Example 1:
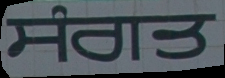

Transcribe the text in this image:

ਸੰਗਤ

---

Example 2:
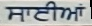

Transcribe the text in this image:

ਸਾਈਆ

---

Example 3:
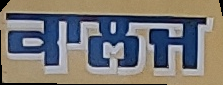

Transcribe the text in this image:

ਕਾਲਜ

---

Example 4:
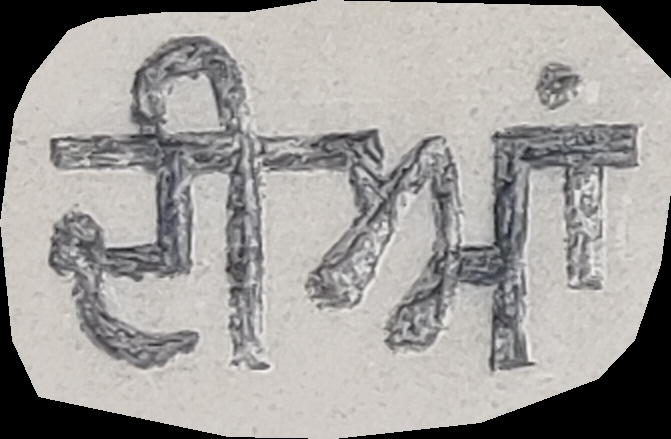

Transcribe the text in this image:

ਦੀਆ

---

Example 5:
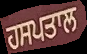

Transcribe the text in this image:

ਹਸਪਤਾਲ